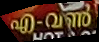
എ-വൺ